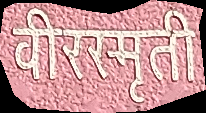
वीरस्मृती